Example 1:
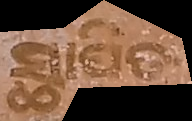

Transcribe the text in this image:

ସ୍ଥାପିତ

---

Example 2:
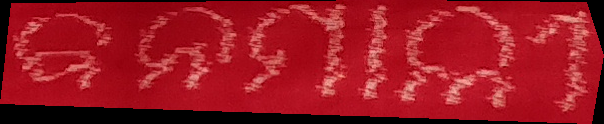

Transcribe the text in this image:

ବନମାଳୀ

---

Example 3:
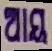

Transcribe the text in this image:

ଆୟ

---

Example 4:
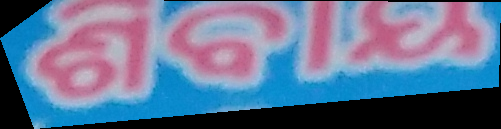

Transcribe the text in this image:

ଶିବାୟ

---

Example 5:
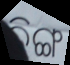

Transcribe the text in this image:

ଢିଙ୍ଗ